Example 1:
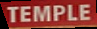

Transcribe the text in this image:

TEMPLE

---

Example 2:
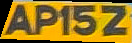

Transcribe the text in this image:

AP15Z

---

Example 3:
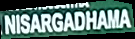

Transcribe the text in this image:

NISARGADHAMA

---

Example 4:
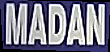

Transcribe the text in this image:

MADAN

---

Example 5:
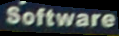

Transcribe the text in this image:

Software